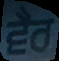
ਵੈਰ